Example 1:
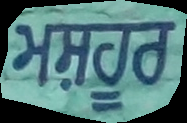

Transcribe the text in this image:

ਮਸ਼ਹੂਰ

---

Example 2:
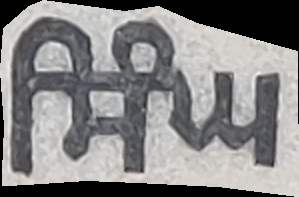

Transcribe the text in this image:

ਸਿੰਘ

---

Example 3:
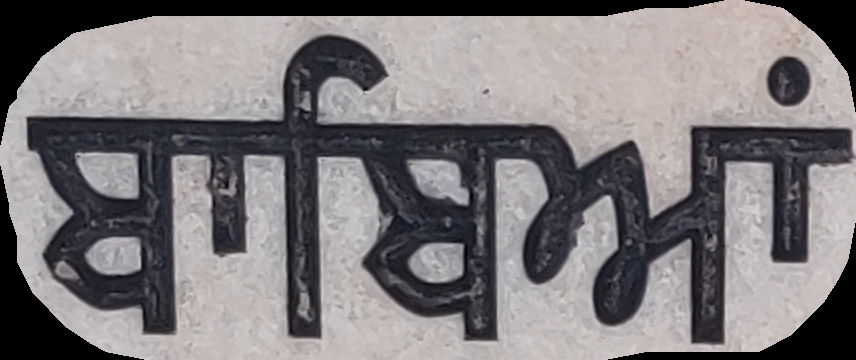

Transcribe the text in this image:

ਬਾਬਿਆਂ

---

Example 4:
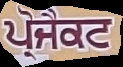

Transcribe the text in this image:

ਪੋ੍ਜੈਕਟ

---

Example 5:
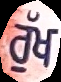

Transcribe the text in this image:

ਰੁੱਖ